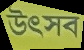
উৎসব